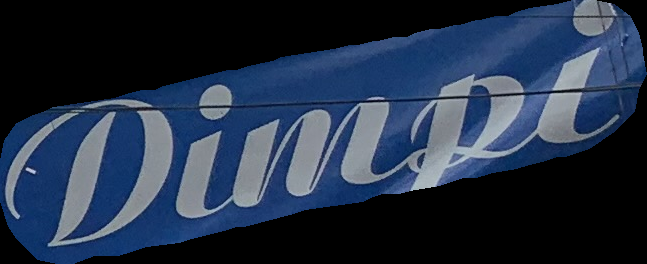
Dimpi